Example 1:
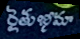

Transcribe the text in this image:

రైతుళమా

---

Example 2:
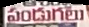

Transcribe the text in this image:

పండుగలు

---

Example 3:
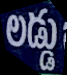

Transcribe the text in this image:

లడ్డు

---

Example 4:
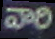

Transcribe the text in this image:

వారి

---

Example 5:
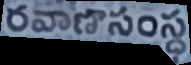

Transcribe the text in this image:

రవాణాసంస్థ